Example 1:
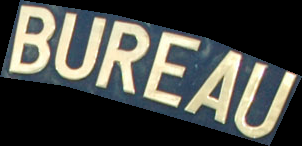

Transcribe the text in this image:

BUREAU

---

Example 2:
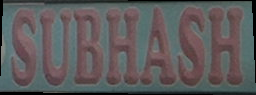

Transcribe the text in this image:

SUBHASH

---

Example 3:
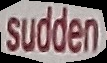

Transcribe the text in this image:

sudden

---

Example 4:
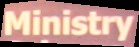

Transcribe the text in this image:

Ministry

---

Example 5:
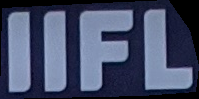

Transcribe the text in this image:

IIFL